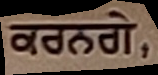
ਕਰਨਗੇ,